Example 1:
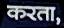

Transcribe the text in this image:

करता,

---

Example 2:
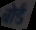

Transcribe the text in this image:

बोर्ड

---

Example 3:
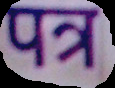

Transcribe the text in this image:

पत्र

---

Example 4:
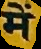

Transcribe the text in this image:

में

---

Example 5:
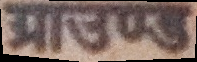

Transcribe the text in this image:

ग्राउण्ड